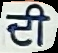
ਦੀ